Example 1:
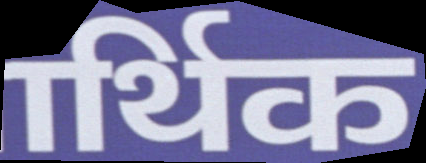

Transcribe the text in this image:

र्थिक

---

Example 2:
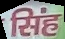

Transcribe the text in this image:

सिंह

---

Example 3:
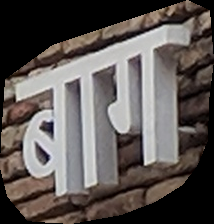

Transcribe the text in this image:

बाग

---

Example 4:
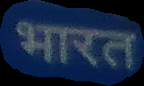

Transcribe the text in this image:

भारत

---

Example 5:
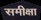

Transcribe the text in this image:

समीक्षा